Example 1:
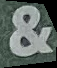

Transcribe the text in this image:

&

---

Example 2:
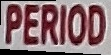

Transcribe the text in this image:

PERIOD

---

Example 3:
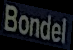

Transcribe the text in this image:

Bondel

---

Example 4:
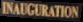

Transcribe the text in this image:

INAUGURATION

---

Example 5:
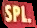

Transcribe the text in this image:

SPL.